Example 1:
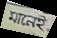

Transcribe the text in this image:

মানেই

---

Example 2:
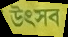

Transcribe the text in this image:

উৎসব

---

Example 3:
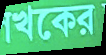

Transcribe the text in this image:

খকের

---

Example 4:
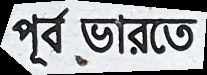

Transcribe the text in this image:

পূর্ব ভারতে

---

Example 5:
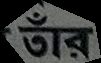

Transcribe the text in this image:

তাঁর